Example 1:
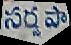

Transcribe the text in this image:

సర్వపా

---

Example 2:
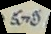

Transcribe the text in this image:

కూలీ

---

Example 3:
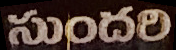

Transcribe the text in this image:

సుందరి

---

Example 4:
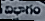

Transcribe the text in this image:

విభాగం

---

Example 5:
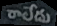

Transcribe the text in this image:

రాలేదు.